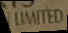
LIMITED